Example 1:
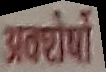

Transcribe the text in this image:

अवशेर्षो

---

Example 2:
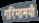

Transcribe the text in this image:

गरिमामयी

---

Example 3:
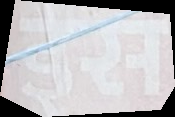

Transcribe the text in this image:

इस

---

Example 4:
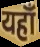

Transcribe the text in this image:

यहाँ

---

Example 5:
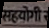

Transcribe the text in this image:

सहयोगी